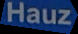
Hauz